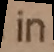
in